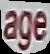
age